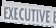
EXECUTIVE